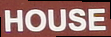
HOUSE